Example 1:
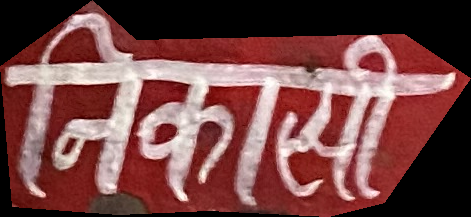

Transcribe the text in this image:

निकासी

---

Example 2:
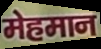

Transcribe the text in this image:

मेहमान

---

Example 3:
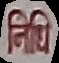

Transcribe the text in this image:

निधि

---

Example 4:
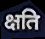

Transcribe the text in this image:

क्षति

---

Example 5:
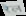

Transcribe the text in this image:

रेल